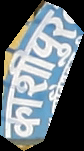
काशीपुर